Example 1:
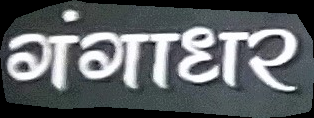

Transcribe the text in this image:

गंगाध२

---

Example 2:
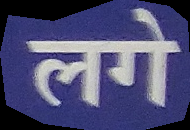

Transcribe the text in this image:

लगे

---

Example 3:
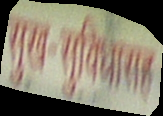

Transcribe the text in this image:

सुख-सुविधाराह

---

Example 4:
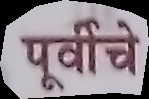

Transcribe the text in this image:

पूर्वीचे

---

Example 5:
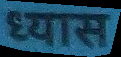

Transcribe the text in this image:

ध्यास